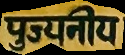
पुज्यनीय